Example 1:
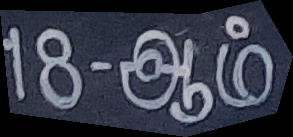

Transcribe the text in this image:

18-ஆம்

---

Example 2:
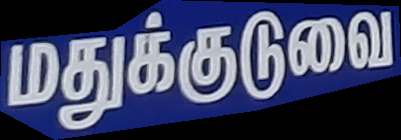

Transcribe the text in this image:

மதுக்குடுவை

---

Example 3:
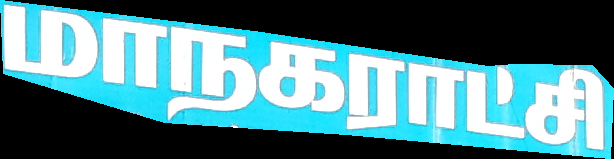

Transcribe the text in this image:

மாநகராட்சி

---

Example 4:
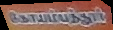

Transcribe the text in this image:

கோயம்பத்தூர்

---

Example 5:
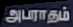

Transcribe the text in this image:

அபராதம்